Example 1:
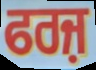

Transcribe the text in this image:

ਫਰਜ਼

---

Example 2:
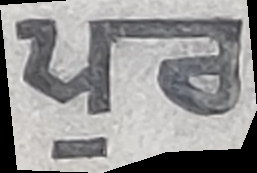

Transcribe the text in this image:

ਪੁਰ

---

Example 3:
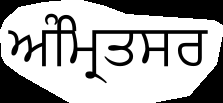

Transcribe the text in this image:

ਅੰਮ੍ਰਿਤਸਰ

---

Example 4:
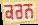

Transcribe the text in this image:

ਕਰਨ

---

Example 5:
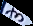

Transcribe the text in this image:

ਤੇ